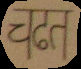
चढत